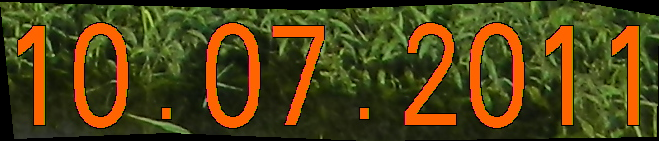
10.07.2011